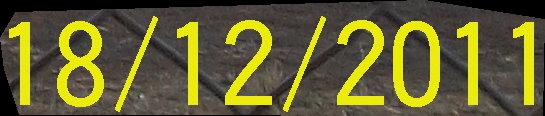
18/12/2011